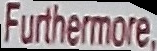
Furthermore,